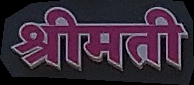
श्रीमती